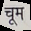
चूम